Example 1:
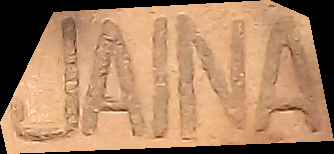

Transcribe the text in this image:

JAINA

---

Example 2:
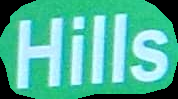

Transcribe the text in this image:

Hills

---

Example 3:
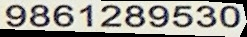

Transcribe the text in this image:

9861289530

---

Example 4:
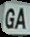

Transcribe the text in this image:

GA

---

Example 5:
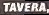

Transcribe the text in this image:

TAVERA,